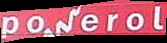
poNerol